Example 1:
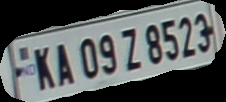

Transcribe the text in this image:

KA09Z8523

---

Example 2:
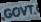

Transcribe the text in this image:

GOVT.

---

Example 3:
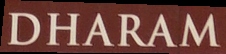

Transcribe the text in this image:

DHARAM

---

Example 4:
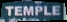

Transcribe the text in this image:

TEMPLE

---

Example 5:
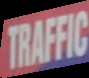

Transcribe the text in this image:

TRAFFIC